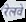
रेलवे